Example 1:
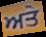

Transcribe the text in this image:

ਅਤੇ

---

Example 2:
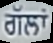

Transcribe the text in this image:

ਗੱਲਾਂ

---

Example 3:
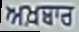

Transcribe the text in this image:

ਅਖ਼ਬਾਰ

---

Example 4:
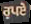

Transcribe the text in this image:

ਰੁਪਏ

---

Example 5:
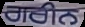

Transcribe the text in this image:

ਗਰੀਨ